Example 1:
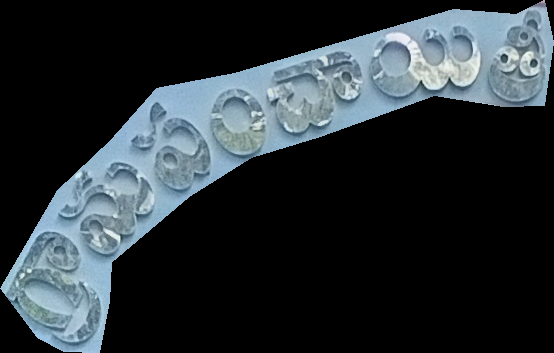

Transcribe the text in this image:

గ్రామపంచాయతీ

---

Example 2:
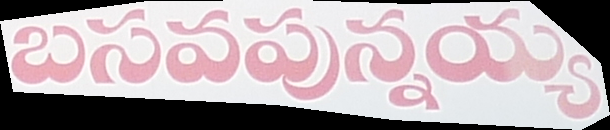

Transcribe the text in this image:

బసవపున్నయ్య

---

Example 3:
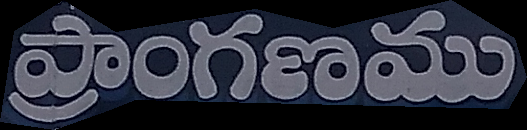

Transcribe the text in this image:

ప్రాంగణము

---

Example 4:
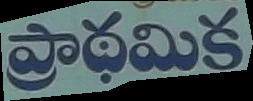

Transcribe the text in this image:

ప్రాథమిక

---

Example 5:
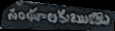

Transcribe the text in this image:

నంధూలకఋషు